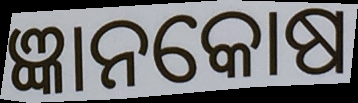
ଜ୍ଞାନକୋଷ